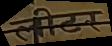
लीटर